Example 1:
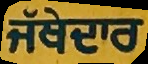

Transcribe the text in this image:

ਜੱਥੇਦਾਰ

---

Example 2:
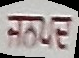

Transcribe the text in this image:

ਜਨਪਦ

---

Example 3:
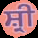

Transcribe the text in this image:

ਸ਼੍ਰੀ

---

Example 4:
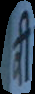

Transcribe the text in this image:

ਕੀ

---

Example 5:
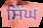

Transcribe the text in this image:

ਸਿਘ